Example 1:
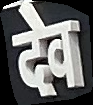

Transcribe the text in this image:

देव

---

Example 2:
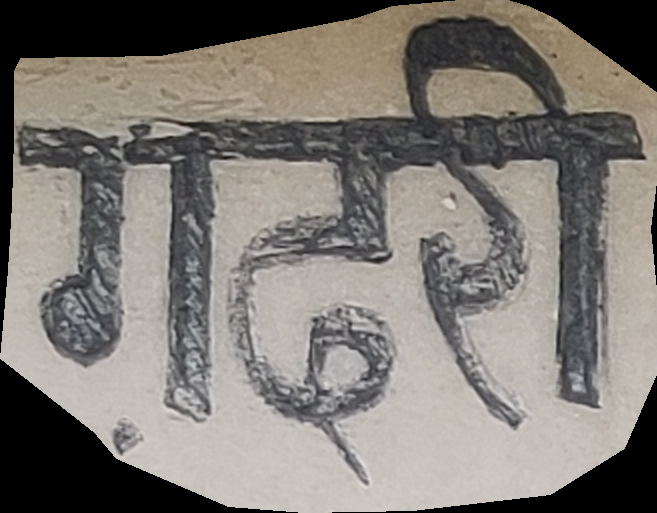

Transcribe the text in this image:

गदरी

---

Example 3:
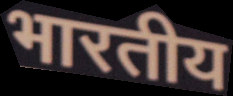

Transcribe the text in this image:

भारतीय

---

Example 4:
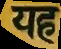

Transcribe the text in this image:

यह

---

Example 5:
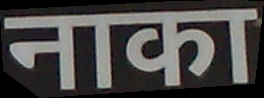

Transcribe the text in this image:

नाका